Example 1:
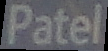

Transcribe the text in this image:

Patel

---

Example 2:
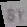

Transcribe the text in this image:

BY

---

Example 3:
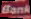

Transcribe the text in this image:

Bank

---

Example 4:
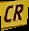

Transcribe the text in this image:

CR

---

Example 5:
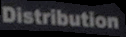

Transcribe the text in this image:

Distribution